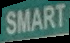
SMART